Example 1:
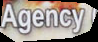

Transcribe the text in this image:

Agency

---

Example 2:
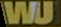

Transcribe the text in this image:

WU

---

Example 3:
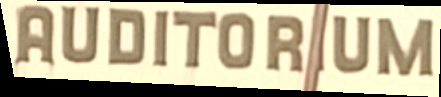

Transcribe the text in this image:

AUDITORIUM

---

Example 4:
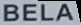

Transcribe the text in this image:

BELA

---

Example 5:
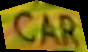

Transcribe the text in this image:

CAR